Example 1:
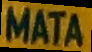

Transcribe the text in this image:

MATA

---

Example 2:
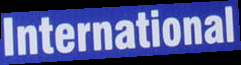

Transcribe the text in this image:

International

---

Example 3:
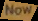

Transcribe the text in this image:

Now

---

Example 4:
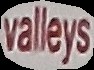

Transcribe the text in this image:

valleys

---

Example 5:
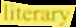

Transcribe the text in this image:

literary